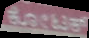
ಕೋಟಕ್